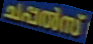
ചപ്പൽസ്